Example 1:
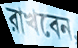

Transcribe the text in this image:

রাখবেন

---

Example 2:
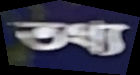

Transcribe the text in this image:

তথ্য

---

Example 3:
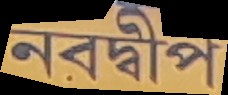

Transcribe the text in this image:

নবদ্বীপ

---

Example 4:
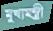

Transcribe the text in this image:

মুখ্যমন্ত্রী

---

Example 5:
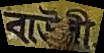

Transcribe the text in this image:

বাউ